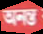
অনন্ত